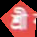
শ্রী